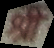
श्री